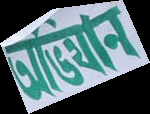
অভিযান